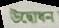
উদ্বোধন